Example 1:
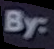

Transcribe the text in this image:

By:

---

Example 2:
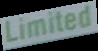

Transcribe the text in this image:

Limited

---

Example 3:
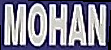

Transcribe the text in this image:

MOHAN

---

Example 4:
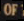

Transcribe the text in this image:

OF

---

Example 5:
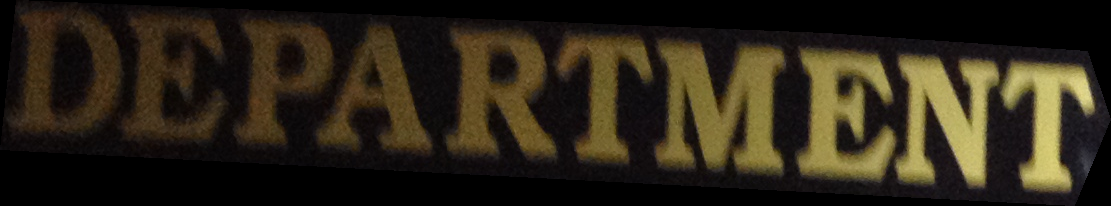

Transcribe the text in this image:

DEPARTMENT